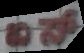
ಬಸ್